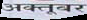
अक्तूबर